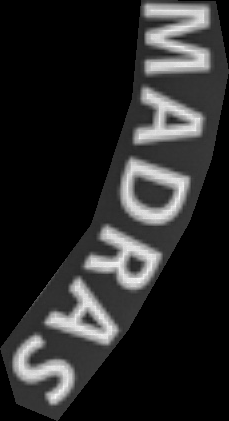
MADRAS